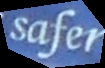
safer